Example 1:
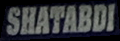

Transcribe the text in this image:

SHATABDI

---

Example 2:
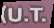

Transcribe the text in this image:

U.T.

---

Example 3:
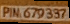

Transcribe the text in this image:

PIN679337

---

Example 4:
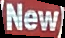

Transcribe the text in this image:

New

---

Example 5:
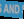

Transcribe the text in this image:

AND